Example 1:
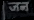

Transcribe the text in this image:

जन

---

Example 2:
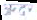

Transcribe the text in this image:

अन्दर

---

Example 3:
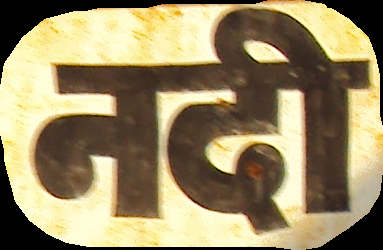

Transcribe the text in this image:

नदी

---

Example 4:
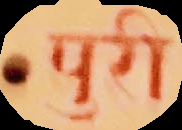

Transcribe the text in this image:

पुरी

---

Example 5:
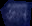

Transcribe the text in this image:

आप